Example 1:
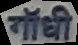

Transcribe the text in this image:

गॉधी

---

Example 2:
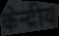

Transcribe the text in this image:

केन्द्रीय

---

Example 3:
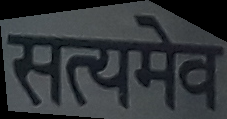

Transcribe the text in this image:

सत्यमेव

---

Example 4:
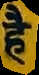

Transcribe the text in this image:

है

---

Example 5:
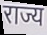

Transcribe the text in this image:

राज्य